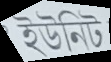
ইউনিট